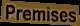
Premises